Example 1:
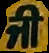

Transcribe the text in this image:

ਜੀ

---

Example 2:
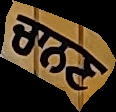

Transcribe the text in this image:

ਚਾਨਣ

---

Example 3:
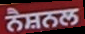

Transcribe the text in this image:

ਨੈਸ਼ਨਲ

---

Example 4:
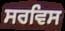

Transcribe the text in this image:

ਸਰਵਿਸ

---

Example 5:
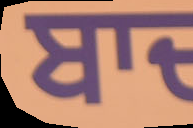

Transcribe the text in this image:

ਬਾਦ